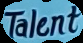
Talent